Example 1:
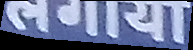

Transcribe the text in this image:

लगाया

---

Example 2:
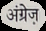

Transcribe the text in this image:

अंग्रेज़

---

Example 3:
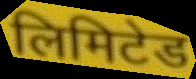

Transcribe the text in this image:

लिमिटेड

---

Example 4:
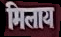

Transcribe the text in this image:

मिलाय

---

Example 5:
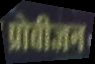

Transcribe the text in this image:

प्रोवीजन